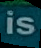
is